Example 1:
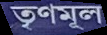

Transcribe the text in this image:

তৃণমূল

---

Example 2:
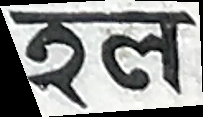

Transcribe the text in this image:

হল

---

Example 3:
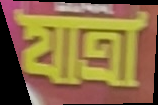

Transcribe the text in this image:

যাত্রা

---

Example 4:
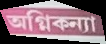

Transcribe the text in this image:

অগ্নিকন্যা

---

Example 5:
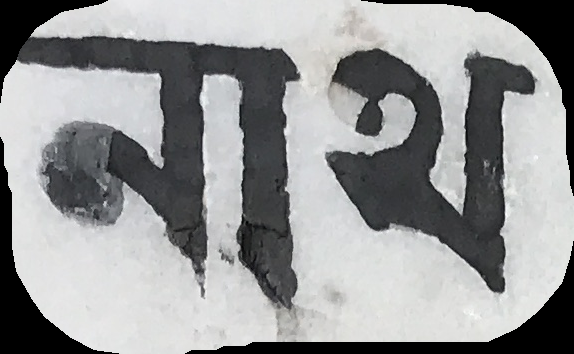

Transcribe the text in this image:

নাথ